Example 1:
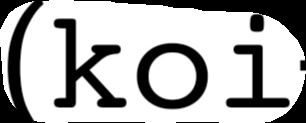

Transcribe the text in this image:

(koi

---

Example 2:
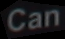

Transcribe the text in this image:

Can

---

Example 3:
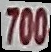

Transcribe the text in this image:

700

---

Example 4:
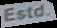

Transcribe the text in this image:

Estd.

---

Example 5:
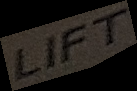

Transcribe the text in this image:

LIFT